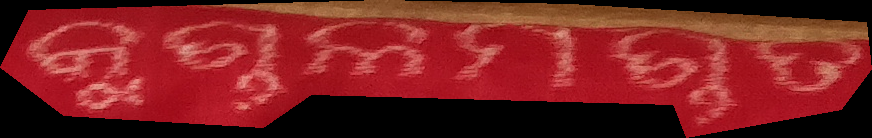
କ୍ରୁଗ୍ନଳମକୃତ